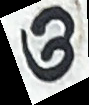
ও